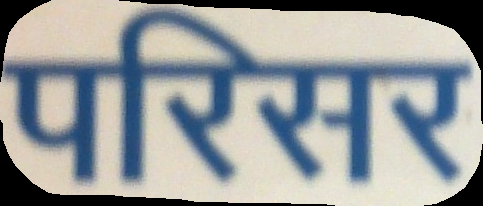
परिसर